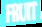
FRUIT